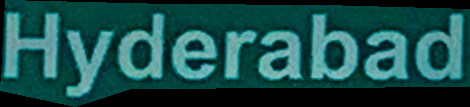
Hyderabad